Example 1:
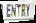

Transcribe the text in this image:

ENTRY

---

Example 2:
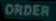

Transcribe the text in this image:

ORDER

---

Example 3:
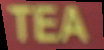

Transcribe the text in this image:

TEA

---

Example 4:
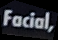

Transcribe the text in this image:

Facial,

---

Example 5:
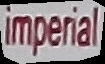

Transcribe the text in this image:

imperial